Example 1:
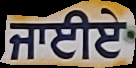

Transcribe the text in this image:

ਜਾਈਏ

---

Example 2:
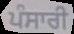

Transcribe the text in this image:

ਪੰਸਾਰੀ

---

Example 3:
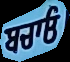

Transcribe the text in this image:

ਬਚਾਓ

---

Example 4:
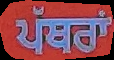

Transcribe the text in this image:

ਪੱਥਰਾਂ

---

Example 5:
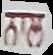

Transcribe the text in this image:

ਨਾਲ